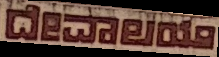
ದೇವಾಲಯ